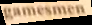
gamesmen